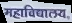
महाविद्यालय,